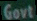
Govt